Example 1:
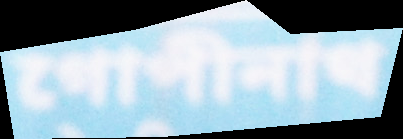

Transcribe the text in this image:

গোপীনাথ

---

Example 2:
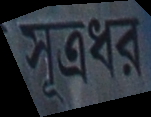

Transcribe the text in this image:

সূত্রধর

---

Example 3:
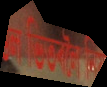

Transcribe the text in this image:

ভিতৰলৈ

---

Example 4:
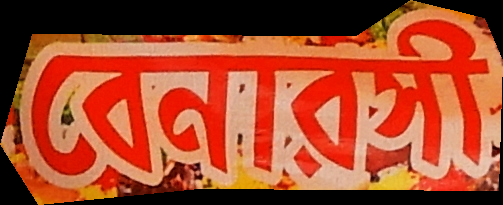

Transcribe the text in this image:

বেনাবসী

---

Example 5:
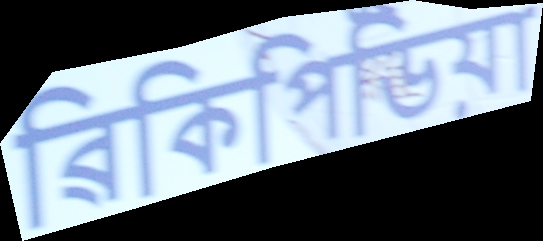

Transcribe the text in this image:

ৱিকিপিডিয়া